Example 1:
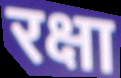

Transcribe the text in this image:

रक्षा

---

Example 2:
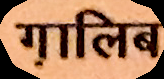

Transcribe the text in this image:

ग़ालिब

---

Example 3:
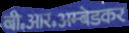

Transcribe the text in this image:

बी.आर.अम्बेडकर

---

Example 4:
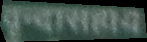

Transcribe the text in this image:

वृन्दासहाय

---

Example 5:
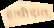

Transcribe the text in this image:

हाथीदांत